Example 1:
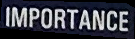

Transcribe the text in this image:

IMPORTANCE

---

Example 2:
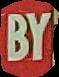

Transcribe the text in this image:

BY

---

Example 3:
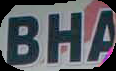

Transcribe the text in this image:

BHA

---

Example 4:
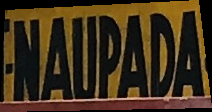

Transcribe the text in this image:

-NAUPADA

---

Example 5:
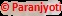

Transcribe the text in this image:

@Paranjyoti